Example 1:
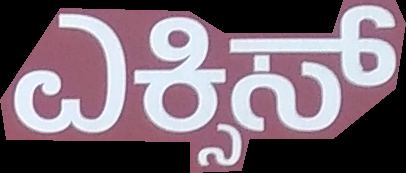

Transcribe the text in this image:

ಎಕ್ಸಿಸ್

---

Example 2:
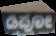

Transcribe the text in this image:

ಡಿಪೋ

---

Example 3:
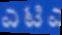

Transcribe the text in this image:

ಎಟಿಎ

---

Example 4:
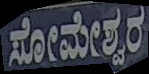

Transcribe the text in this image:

ಸೋಮೇಶ್ವರ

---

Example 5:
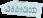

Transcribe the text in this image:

ವಿಕಿಪೀಡಿಯ